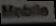
Mobile